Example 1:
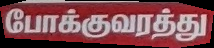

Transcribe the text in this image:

போக்குவரத்து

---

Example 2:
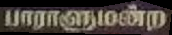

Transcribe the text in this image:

பாராளுமன்ற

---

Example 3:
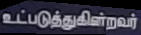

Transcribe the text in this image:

உட்படுத்துகின்றவர்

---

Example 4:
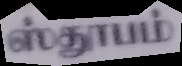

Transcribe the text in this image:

ஸ்தூபம்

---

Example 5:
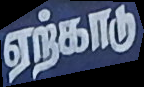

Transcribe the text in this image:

ஏற்காடு